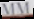
MM